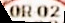
OR 02